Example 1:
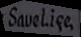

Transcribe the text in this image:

Save Life,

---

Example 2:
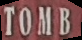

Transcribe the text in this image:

TOMB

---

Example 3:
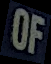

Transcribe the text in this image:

OF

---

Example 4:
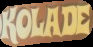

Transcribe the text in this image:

KOLADE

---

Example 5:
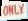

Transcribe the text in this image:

ONLY